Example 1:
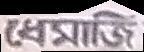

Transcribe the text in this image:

ধেমাজি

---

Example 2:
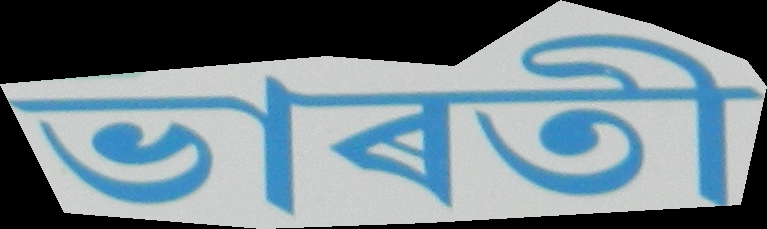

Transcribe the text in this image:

ভাৰতী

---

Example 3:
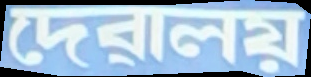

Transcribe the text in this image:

দেৱালয়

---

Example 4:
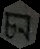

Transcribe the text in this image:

চন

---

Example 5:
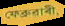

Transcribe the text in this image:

ফেব্রুরাধী,